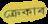
ক্রেকাৰ